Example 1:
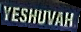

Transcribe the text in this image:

YESHUVAH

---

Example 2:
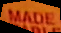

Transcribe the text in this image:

MADE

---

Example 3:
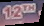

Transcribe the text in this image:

1-2TH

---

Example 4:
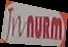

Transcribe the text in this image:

Jnnurm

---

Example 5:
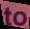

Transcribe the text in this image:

to